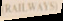
RAILWAYS)